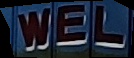
WEL